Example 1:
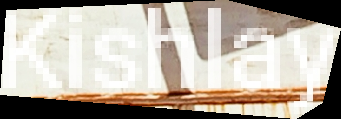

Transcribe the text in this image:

Kishlay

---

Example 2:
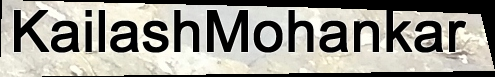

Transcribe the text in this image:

KailashMohankar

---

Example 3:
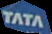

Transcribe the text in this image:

TATA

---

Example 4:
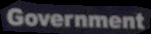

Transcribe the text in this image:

Government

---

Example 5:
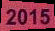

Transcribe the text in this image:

2015